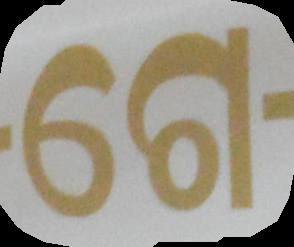
ଗେ-